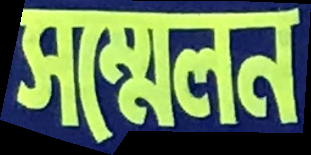
সম্মেলন